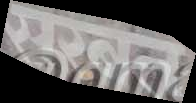
सरबत